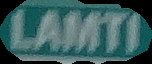
LAMTI